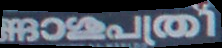
ണ്ണാശുപ്രതി